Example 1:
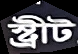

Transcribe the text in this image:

স্ট্রীট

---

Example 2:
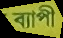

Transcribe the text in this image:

ব্যাপী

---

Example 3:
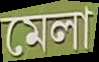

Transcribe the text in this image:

মেলা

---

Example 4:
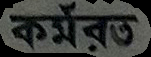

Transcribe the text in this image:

কর্মরত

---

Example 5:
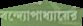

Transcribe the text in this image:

বন্দ্যোপাধ্যায়ের